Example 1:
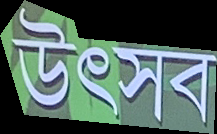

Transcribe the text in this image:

উৎসব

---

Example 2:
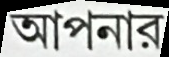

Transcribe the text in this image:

আপনার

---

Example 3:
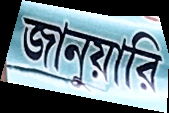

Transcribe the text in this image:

জানুয়ারি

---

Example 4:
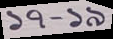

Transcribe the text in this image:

১৭-১৯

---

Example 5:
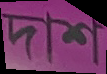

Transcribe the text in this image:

দাশ